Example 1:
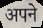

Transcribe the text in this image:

अपने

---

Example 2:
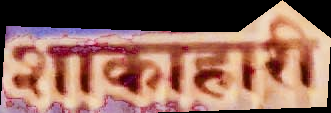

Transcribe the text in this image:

शाकाहारी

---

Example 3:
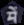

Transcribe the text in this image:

में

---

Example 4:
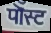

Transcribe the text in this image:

पोस्ट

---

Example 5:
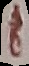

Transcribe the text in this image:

है॓